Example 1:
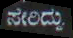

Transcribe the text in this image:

ಸೇಲದ್ಟು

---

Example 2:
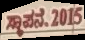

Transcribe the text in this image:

ಸ್ಥಾಪನೆ.2015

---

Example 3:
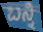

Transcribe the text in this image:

ಬನ್ನಿ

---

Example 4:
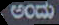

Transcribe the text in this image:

ಅಂದು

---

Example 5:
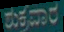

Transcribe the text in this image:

ಶುಕ್ರವಾರ